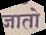
जातो